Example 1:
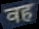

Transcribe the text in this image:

वह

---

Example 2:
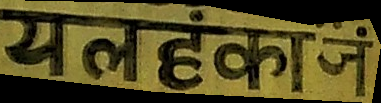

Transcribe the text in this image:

यलहंका जं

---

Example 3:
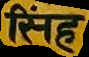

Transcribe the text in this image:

सिंह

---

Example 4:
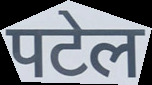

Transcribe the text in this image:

पटेल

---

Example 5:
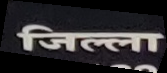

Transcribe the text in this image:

जिल्ला